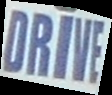
DRIVE